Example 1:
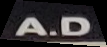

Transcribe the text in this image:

A.D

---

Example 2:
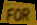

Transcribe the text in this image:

FOR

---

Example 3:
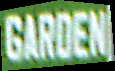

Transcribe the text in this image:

GARDEN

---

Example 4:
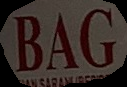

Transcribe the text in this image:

BAG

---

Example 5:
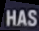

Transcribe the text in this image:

HAS